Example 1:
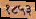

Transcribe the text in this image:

१८५३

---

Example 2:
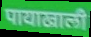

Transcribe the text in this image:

पायाखाली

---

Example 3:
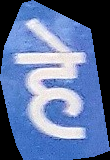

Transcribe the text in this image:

हे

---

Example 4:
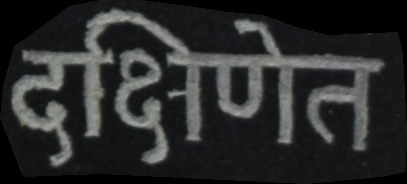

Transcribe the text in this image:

दक्षिणेत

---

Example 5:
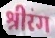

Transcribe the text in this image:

श्रीरंग